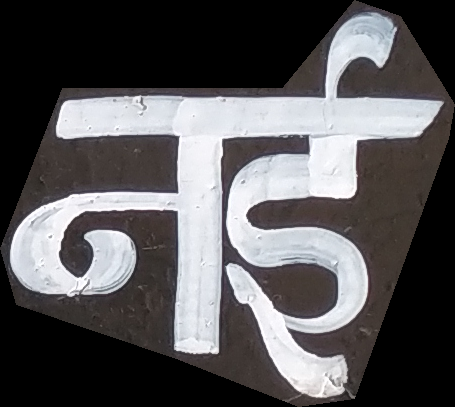
नई